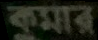
কমার